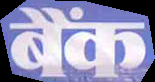
बैंक